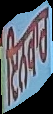
ਇਨਕਾਰ